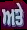
ਅਤੇ